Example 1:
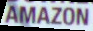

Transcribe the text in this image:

AMAZON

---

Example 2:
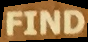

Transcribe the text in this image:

FIND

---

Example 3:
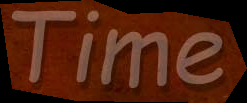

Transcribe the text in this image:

Time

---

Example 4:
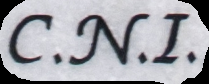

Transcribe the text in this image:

C.N.I.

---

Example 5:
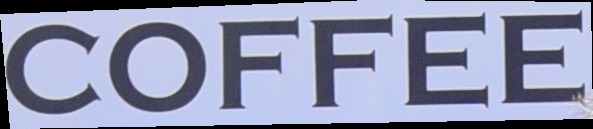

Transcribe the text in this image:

COFFEE